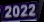
2022